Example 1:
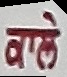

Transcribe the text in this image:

ਕਾਲੇ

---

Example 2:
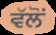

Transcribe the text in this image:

ਵੱਲੋਂ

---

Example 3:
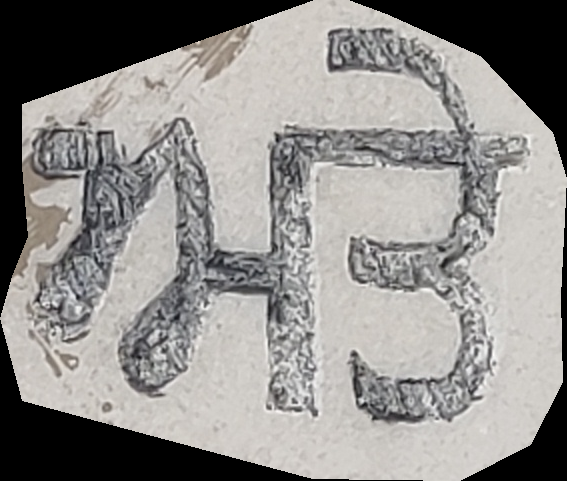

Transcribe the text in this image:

ਅਤੇ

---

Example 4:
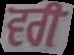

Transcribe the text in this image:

ਵਰੀ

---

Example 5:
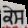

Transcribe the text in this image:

ਕੇਸ